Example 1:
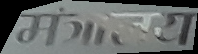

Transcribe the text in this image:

मंत्रालय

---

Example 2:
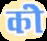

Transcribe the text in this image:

की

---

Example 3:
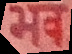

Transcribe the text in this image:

भव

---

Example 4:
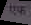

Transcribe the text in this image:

एफ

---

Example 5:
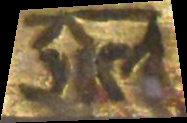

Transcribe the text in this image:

डाल